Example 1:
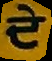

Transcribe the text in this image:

ਦੇ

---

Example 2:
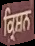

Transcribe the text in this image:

ਕ੍ਰਿਸ਼ਨ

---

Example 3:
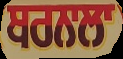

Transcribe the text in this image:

ਥਰਨਲਾ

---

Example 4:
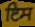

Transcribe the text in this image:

ਇਸ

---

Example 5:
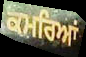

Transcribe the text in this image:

ਕਮਰਿਆਂ